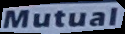
Mutual